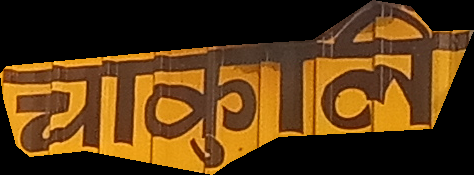
चाकुलि